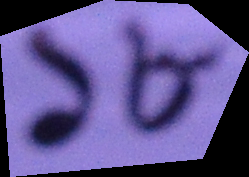
১৮